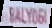
BALYOGI